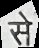
से